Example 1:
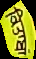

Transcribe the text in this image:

ਕਿਤਾਬਾ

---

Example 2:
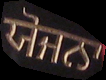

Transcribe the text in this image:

ਯੋਜਨਾ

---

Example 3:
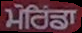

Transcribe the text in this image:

ਮੋਰਿਂਡਾ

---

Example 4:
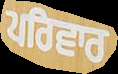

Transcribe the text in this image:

ਪਰਿਵਾਰ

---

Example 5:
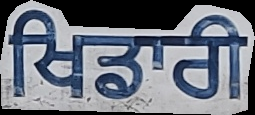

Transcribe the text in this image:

ਖਿਡਾਈ